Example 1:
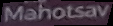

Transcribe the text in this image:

Mahotsav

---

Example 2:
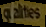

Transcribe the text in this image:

qualities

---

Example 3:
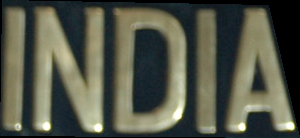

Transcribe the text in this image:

INDIA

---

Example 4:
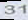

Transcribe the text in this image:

31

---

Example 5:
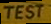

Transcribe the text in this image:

TEST